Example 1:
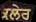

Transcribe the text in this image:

ਕਲੇਰ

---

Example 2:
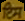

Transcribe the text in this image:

ਟਿਸ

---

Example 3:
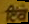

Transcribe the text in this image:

ਇਂਕ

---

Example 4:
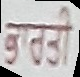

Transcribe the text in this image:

ਭਾਰਤੀ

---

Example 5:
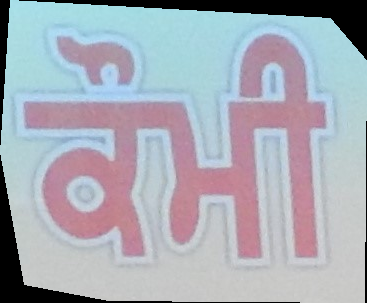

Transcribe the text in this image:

ਕੌਮੀ